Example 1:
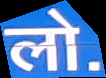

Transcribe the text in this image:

लो.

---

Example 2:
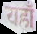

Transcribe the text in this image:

यहाँ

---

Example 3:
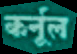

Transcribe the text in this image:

कर्नूल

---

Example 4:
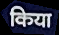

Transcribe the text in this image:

किया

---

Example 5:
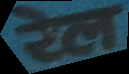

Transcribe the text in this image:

रेल